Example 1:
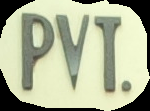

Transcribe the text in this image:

PVT.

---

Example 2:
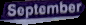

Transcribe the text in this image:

September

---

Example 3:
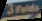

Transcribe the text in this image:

3Folds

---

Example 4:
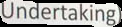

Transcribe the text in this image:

Undertaking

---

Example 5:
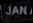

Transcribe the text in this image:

JAN